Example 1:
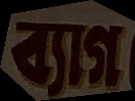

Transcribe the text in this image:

ব্যাগ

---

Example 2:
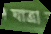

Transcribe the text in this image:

যাত্রা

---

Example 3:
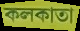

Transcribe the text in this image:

কলকাতা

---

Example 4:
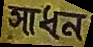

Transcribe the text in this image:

সাধন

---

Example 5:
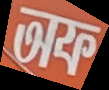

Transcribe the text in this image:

অফ